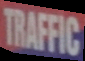
TRAFFIC